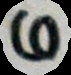
७